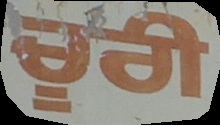
ਚੂਰੀ